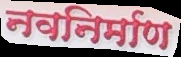
नवनिर्माण